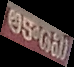
అకాడమి